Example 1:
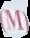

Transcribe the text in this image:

(M)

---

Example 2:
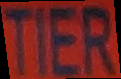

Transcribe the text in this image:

TIER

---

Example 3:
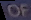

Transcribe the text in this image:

OF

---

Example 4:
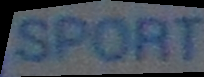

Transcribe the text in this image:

SPORT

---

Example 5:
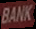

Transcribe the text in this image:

BANK